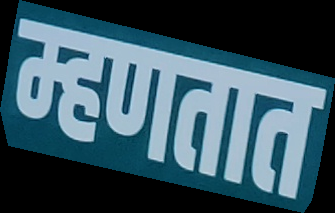
म्हणतात